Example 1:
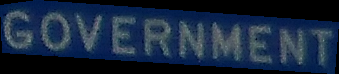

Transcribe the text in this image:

GOVERNMENT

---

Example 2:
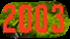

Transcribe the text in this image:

2003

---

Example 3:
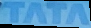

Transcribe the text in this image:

TATA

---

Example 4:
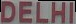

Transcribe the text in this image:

DELHI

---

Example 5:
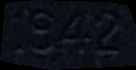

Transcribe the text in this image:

1942